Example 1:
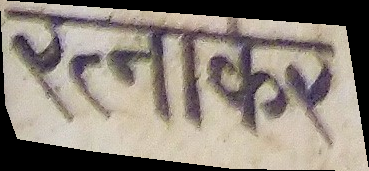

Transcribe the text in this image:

रत्नाकर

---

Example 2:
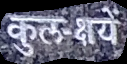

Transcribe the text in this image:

कुल-क्षयें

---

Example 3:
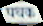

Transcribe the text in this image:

पथक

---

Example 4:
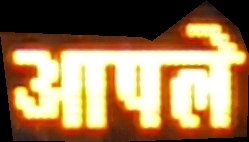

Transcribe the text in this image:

आपले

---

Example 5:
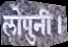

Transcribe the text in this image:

लोपुनी।